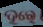
ଦୂରେ